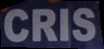
CRIS